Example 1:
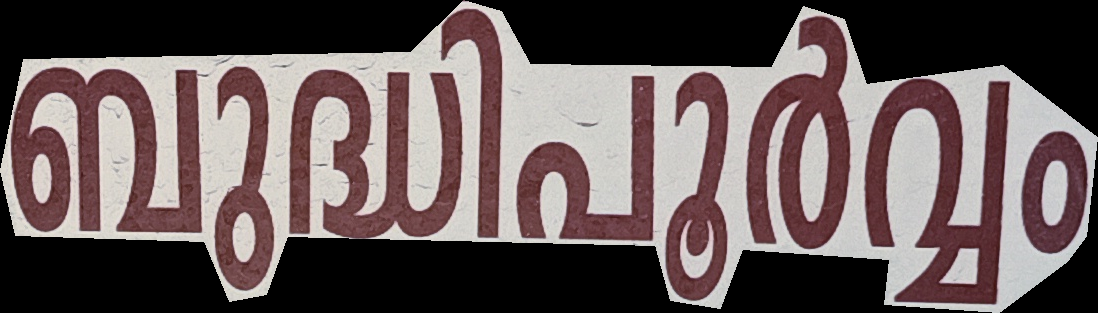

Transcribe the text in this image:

ബുദ്ധിപൂർവ്വം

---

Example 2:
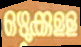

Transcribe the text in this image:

ഒഴുക്കുള്ള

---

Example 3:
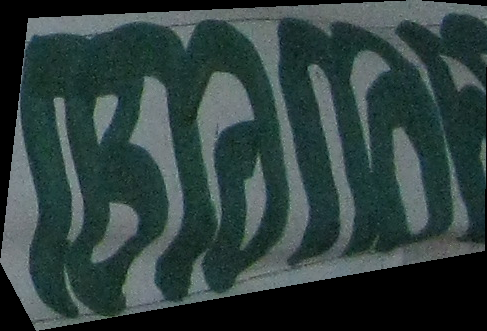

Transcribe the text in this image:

അനു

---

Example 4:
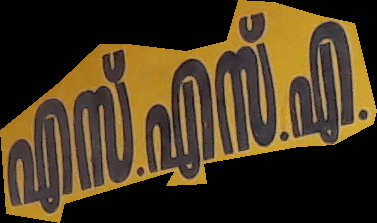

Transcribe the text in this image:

എസ്.എസ്. എ.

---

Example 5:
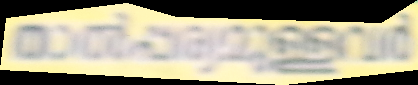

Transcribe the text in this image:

താൽപ്പര്യമുള്ളവർ